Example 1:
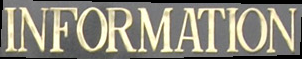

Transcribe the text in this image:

INFORMATION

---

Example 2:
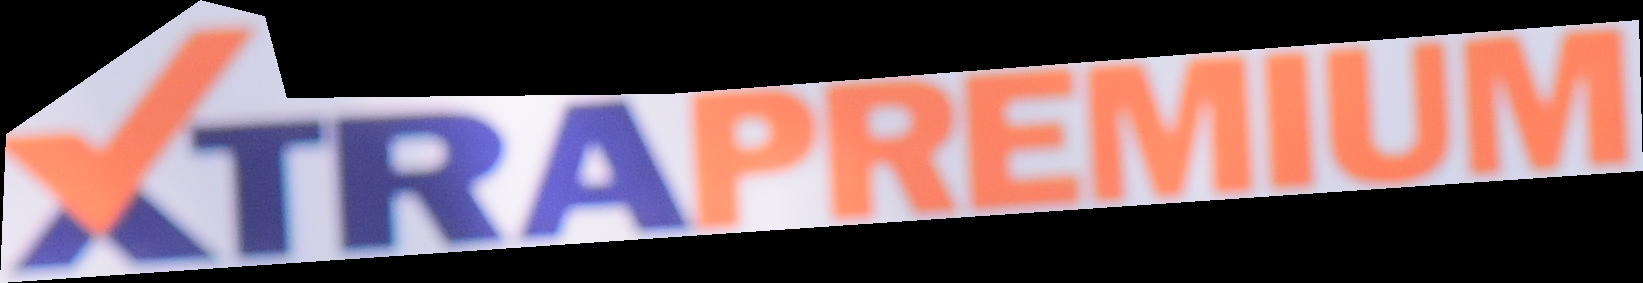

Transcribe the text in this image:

XTRAPREMIUM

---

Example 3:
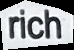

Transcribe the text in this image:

rich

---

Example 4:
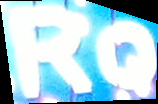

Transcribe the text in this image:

RQ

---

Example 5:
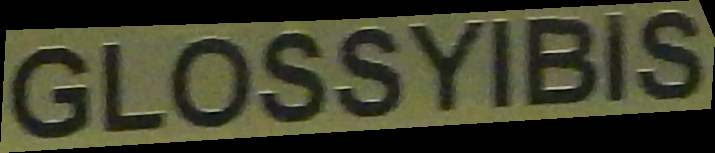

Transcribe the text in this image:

GLOSSYIBIS